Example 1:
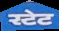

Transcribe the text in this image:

स्टेट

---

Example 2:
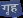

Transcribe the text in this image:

गृह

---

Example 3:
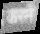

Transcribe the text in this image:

करने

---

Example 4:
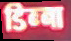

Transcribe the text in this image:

डिब्बा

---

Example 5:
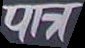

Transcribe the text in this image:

पात्र